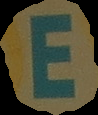
E